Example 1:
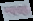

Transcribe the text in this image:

स्वच्छ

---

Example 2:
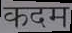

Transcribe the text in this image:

कदम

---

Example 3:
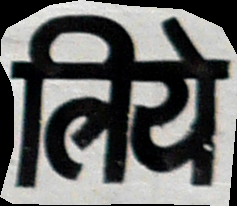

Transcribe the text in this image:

लिये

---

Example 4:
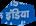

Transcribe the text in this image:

इंडिया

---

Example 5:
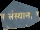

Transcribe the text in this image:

संस्थान,